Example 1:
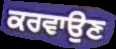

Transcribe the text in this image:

ਕਰਵਾਉਣ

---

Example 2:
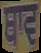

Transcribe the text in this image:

ਥਾਵ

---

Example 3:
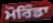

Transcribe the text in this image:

ਮਰਿੰਡਾ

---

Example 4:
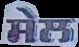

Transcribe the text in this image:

ਸੇਲ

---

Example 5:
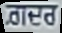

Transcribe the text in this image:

ਗ਼ਦਰ